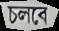
চলবে